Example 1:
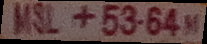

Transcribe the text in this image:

MSL+53-64M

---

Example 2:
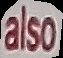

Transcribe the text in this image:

also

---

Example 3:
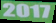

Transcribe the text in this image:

2017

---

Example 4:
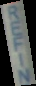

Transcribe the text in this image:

REFIN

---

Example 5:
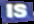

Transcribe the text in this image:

IS